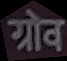
ग्रोव